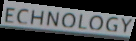
ECHNOLOGY